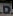
D